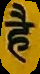
है